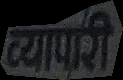
व्यापारी